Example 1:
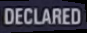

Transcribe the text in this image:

DECLARED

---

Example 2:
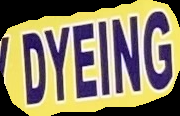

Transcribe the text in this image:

DYEING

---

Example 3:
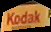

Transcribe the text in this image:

Kodak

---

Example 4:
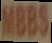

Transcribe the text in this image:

MBBS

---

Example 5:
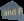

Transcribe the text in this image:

and